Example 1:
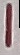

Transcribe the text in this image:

I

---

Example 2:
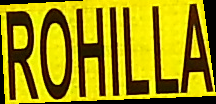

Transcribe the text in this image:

ROHILLA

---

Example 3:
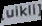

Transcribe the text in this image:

uikli]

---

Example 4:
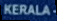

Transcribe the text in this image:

KERALA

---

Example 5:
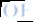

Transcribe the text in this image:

OF